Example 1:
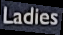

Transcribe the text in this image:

Ladies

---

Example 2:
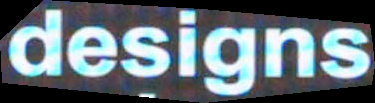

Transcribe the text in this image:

designs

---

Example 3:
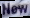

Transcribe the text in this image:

New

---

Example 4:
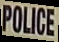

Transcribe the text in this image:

POLICE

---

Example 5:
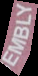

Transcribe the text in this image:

EMBLY